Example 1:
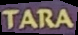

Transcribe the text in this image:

TARA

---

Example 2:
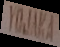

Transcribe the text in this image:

YOJAKA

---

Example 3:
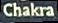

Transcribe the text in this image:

Chakra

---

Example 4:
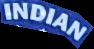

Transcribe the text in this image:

INDIAN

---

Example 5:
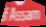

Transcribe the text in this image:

Assam